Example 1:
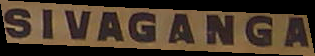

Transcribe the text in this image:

SIVAGANGA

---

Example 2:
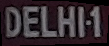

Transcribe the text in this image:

DELHI-1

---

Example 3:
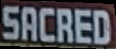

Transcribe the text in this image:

SACRED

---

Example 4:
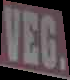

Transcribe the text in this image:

VEG.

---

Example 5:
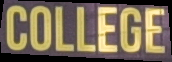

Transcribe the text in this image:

COLLEGE